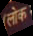
लोक